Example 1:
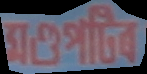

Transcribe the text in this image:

মণ্ডপটিৰ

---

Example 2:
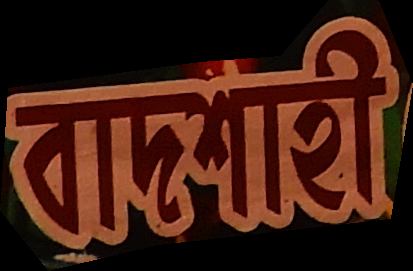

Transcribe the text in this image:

বাদশাহী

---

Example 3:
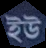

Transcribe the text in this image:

ইউ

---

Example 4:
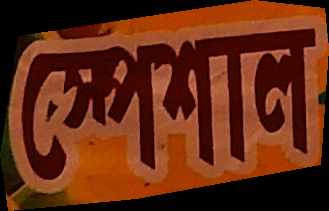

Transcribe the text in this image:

স্পেশাল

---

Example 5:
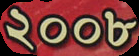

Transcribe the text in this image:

২০০৮